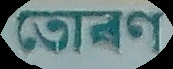
তোৰণ